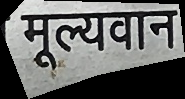
मूल्यवान